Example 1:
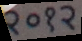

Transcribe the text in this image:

२०१२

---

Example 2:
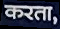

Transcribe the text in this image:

करता,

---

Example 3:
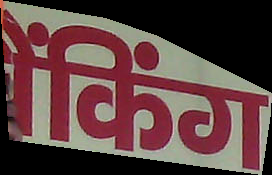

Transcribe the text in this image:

बैंकिंग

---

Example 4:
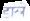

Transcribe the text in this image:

डालें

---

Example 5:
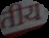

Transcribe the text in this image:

तीय